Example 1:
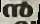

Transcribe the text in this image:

ൻ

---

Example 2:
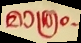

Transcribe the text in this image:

മാത്രം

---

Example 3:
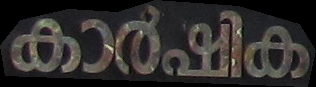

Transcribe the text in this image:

കാർഷിക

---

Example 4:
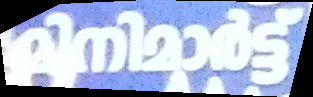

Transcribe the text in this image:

മിനിമാർട്ട്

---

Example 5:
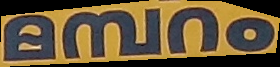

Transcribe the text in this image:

മമ്പറം